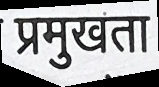
प्रमुखता